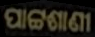
ପାଟ୍ଟଶାଣୀ